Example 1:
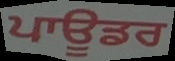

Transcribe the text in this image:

ਪਾਊਡਰ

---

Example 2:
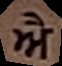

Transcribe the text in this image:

ਐ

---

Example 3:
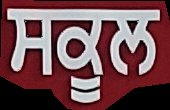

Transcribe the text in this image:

ਸਕੂਲ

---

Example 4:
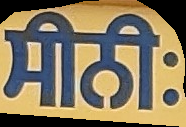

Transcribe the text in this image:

ਸੀਨੀਃ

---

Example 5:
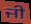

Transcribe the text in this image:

ਜੀ